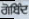
ਗੋਬਿੰਦ